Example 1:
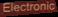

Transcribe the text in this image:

Electronic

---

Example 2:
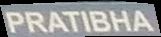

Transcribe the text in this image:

PRATIBHA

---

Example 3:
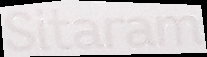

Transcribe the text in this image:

Sitaram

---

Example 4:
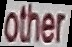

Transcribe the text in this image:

other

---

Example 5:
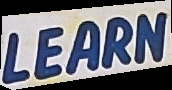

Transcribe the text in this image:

LEARN